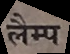
लैम्पं